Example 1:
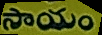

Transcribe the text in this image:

సాయం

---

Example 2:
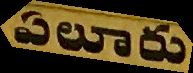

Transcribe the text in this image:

ఏలూరు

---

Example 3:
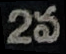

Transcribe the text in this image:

2వ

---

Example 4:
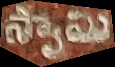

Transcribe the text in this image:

స్ఫామ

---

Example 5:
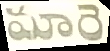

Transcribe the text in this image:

మారె